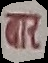
बार